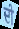
ਦੀ